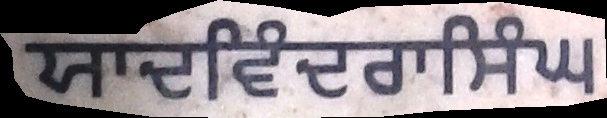
ਯਾਦਵਿੰਦਰਾਸਿੰਘ